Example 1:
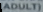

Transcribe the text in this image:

ADULT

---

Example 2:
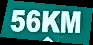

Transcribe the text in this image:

56KM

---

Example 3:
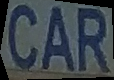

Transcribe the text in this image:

CAR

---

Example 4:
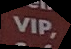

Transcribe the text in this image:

VIP,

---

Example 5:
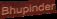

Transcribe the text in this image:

Bhupinder